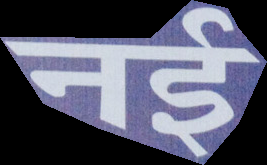
नई